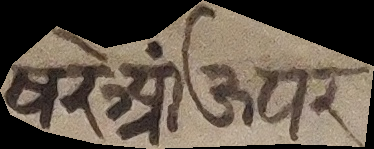
वरंग्रीऊपर